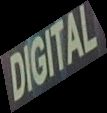
DIGITAL